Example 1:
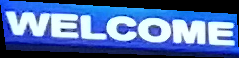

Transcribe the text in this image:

WELCOME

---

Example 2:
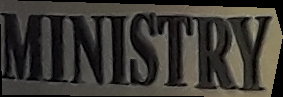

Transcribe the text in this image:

MINISTRY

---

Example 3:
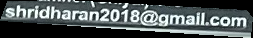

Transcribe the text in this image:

shridharan2016@gmail.com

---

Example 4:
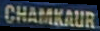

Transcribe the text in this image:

CHAMKAUR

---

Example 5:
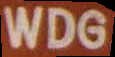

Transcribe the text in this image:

WDG